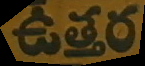
ఉత్తర